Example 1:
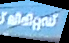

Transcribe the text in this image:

ലിമിറ്റഡ്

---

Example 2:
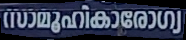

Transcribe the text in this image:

സാമൂഹികാരോഗ്യ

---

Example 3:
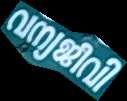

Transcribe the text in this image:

വന്യജീവി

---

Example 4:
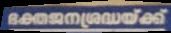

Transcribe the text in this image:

ഭക്തജനശ്രദ്ധയ്ക്ക്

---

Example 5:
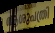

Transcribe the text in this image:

വടശുപത്രി